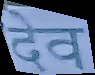
देव